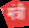
मंत्री